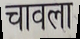
चावला